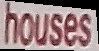
houses